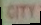
CITY